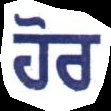
ਹੋਰ